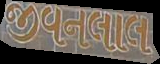
જીવનલાલ